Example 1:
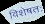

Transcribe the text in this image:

विशेष‌तः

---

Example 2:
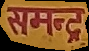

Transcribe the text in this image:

समन्द्र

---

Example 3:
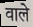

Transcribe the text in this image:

वाले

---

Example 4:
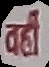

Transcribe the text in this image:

वहीं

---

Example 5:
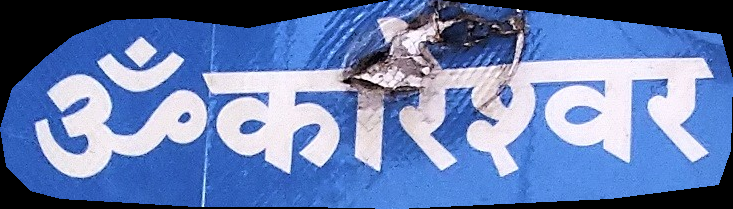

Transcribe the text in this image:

ॐकारेश्वर